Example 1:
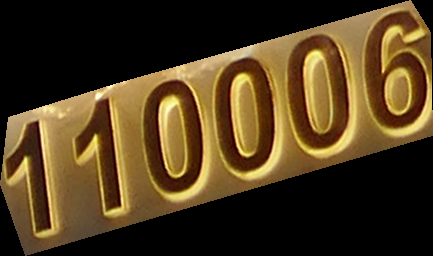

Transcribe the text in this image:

110006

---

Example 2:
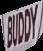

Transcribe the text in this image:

BUDDY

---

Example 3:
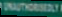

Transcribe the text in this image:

UNAUTHORISEDLY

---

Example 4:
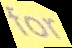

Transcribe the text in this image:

for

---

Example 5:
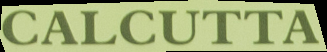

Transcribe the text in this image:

CALCUTTA